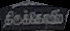
திருக்கோவில்